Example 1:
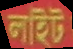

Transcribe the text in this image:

লাইট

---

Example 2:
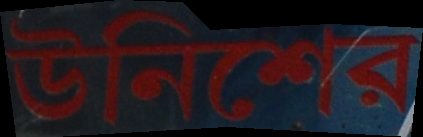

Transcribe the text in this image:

উনিশের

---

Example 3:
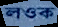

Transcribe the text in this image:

লওক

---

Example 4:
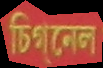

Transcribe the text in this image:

চিগনেল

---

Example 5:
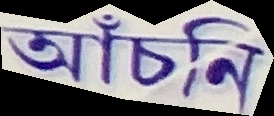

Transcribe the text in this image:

আঁচনি